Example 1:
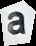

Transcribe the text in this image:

a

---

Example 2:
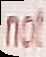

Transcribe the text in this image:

not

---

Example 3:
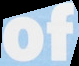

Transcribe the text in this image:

of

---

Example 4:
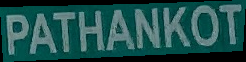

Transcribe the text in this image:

PATHANKOT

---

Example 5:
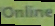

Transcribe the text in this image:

Online